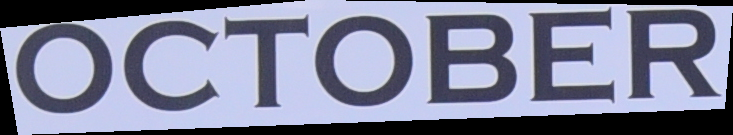
OCTOBER